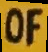
OF